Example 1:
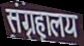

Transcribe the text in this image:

संग्रहालय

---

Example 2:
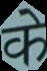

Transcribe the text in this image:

के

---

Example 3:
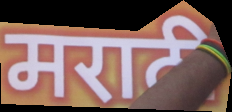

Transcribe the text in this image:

मराठी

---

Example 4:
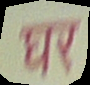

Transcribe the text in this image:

घर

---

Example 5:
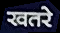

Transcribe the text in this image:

खतरे